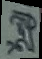
हिन्द्र